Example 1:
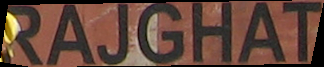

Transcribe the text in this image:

RAJGHAT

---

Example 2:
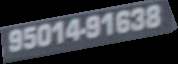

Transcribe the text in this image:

95014-91638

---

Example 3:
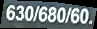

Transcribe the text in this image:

630/680/60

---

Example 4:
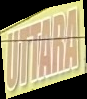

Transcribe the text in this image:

UTTARA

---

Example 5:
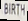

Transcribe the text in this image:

BIRTH